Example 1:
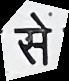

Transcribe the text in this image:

से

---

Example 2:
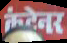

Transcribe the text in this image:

टेनर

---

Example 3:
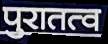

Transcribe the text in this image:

पुरातत्व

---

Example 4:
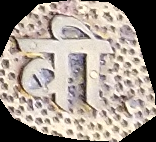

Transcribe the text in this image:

बी.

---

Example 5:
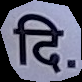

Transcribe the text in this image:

दि.